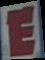
E